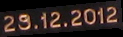
29.12.2012